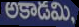
అకాడమి